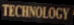
TECHNOLOGY